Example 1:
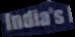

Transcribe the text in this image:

India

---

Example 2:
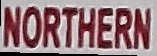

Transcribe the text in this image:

NORTHERN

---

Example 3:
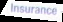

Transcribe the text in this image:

Insurance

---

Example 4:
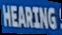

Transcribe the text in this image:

HEARING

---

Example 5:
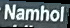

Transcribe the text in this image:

Namhol